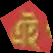
এই